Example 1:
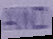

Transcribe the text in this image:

AND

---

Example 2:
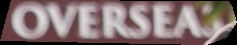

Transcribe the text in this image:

OVERSEA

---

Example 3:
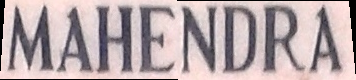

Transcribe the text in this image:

MAHENDRA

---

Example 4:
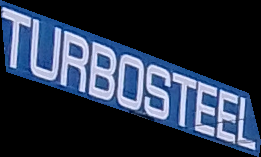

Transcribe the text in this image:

TURBOSTEEL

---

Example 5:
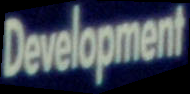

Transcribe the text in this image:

Development